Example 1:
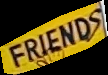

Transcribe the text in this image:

FRIENDS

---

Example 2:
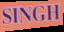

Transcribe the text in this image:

SINGH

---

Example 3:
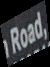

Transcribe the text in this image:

Road,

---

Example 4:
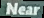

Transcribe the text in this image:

Near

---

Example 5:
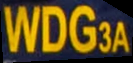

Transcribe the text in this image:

WDG3A